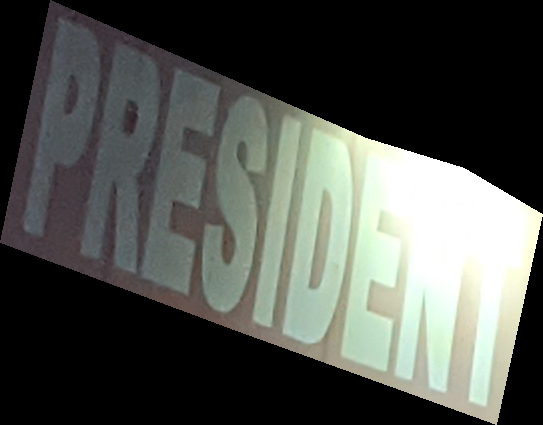
PRESIDENT